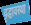
वृद्धावस्था